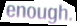
enough.